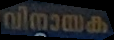
വിനായക